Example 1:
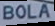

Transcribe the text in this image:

BOLA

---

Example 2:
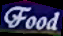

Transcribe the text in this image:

Food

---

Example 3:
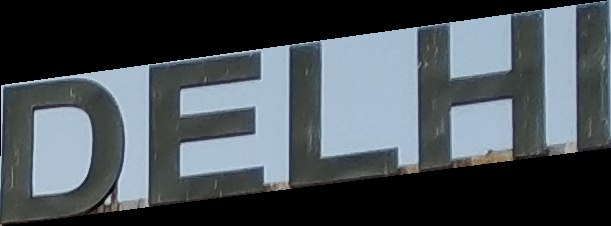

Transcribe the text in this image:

DELHI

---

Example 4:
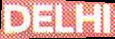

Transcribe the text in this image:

DELHI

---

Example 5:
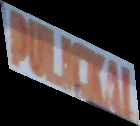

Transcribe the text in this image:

PULICKAL